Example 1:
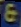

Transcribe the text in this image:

&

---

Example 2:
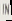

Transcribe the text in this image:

IN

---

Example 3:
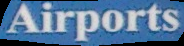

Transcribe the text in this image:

Airports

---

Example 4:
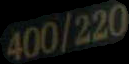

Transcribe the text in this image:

400/220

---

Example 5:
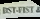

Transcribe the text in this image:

DIST-FIST